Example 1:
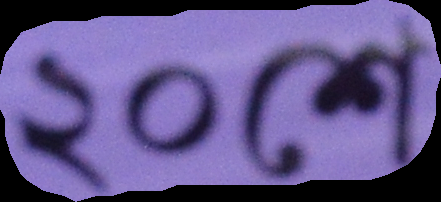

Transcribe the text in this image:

২০শে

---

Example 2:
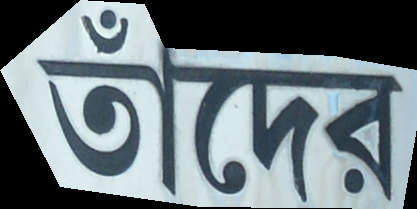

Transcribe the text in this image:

তাঁদের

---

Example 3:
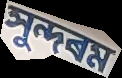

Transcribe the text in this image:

সুন্দৰম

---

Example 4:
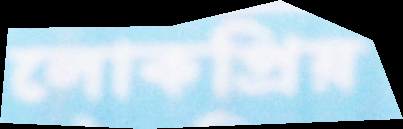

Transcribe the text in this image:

লোকপ্ৰিয়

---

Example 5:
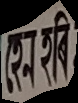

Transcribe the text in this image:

হেনহৰি